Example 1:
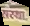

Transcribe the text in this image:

संस्था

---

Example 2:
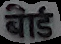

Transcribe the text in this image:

बोर्ड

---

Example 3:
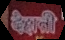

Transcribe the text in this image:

देहाती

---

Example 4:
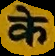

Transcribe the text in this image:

के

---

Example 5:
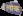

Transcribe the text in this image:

लोक